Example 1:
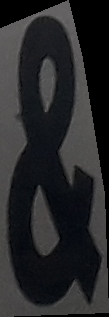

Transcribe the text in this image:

&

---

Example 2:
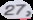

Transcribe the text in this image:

27,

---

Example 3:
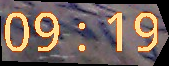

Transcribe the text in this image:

09:19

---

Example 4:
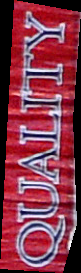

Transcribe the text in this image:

QUALITY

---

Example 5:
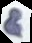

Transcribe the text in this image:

&